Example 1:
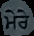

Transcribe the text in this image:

ਮੇਰੇ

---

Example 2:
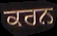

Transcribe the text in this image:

ਕਰਨ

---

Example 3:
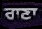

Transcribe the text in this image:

ਰਾਣਾ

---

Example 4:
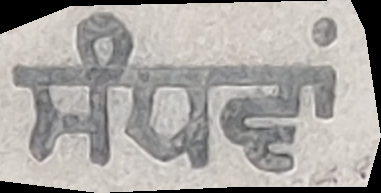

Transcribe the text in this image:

ਸੰਧਵਾਂ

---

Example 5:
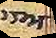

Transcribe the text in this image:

॥ਅ